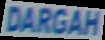
DARGAH